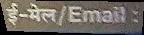
ई-मेल/Email: